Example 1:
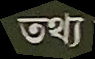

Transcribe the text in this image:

তথ্য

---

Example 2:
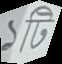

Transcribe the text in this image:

১টি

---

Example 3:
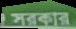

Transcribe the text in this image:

সরকার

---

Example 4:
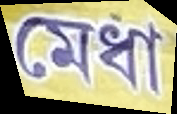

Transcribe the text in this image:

মেধা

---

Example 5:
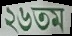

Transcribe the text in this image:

২৬তম